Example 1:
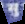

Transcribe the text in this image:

मु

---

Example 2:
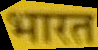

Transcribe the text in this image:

भारत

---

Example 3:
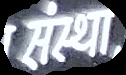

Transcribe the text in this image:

संस्था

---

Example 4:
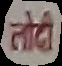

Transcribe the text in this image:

लोदी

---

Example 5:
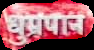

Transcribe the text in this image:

घुम्रपान